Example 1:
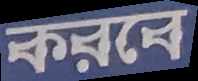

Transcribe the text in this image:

করবে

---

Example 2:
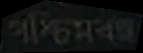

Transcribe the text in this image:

পশ্চিমবঙ্গ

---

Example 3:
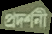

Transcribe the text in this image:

প্রদর্শনী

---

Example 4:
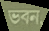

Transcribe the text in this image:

ভবন,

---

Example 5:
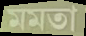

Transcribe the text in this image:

মমতা